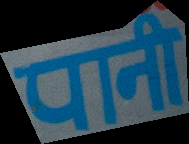
पानी